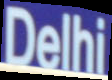
Delhi